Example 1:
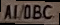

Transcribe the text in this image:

AI/OBC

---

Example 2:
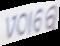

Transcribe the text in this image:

VOI66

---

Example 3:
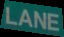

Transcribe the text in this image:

LANE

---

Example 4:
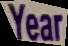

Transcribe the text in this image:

Year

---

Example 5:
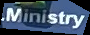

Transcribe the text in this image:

Ministry